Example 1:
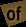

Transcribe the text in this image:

of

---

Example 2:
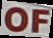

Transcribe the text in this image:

OF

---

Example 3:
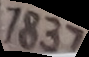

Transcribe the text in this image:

1837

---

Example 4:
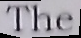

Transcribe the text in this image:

The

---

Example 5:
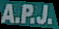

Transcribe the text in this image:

A.P.J.